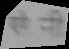
से मी